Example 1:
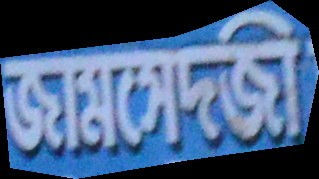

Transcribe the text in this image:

জামসেদজী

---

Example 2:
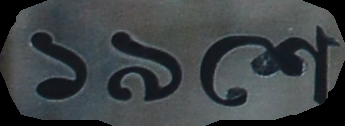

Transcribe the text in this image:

১৯শে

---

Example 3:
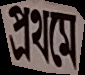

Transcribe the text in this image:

প্ৰথমে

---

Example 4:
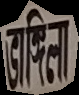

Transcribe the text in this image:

ভাঙ্গিলা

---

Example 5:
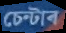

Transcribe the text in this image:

চেন্টাৰ